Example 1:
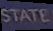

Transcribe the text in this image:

STATE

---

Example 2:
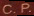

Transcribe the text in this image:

C.P.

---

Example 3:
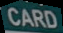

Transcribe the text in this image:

CARD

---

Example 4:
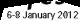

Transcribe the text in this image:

6-8.January2012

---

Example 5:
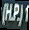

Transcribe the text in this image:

(H.P.)1